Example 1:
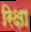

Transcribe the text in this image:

रिक्षा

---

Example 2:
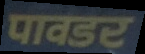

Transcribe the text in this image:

पावडर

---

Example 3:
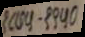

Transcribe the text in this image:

१८७५-१९५०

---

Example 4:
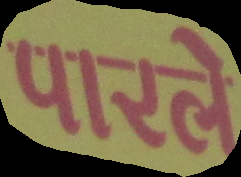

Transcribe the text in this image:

पारले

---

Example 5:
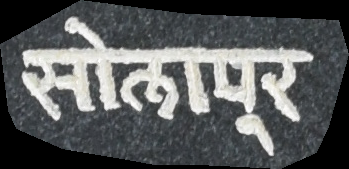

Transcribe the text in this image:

सोलापूर